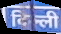
दि ल्ली